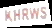
KHRWS